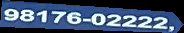
98176-02222,